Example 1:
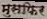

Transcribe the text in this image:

मुसफिर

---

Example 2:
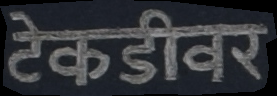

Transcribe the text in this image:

टेकडीवर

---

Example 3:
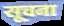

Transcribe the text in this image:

सूचना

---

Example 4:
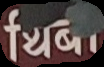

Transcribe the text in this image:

थिबा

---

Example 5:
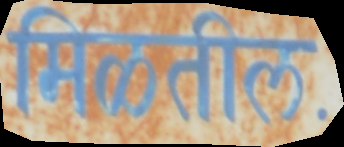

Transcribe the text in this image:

मिळतील.